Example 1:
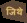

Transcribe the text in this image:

जिथे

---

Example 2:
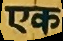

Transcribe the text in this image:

एक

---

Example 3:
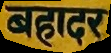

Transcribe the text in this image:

बहादर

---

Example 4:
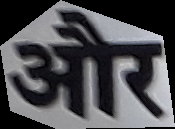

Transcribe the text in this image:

और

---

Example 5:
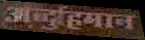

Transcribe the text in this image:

अब्दुर्रहमान